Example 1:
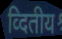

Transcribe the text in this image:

व्दितीय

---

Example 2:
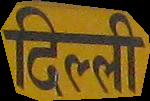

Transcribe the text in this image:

दिल्ली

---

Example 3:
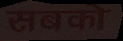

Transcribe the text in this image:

सबको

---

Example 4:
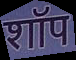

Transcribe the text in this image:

शॉप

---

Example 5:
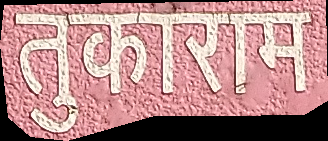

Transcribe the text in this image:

तुकाराम